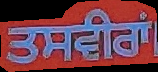
ਤਸਵੀਰਾਂ